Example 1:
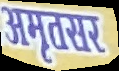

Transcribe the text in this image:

अमृतसर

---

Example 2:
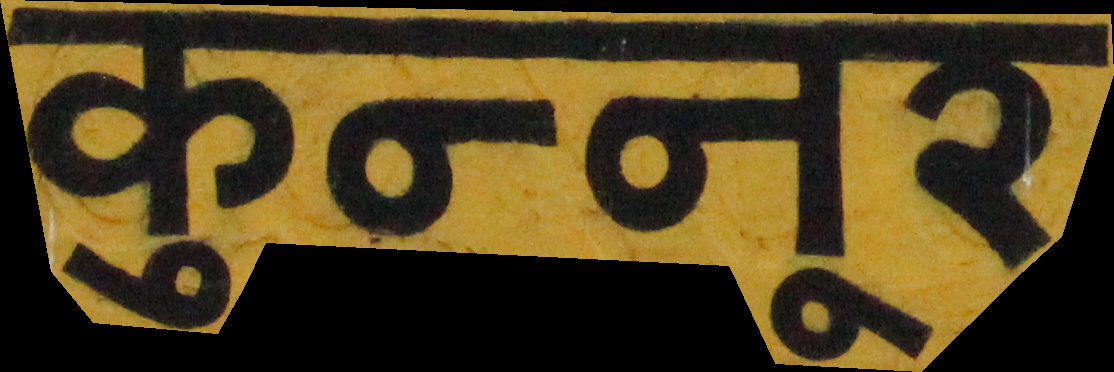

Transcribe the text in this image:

कुन्नूर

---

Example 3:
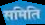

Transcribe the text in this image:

समिति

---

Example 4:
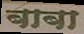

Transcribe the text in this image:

बाबा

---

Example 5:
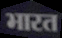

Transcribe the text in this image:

भारत